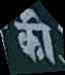
की